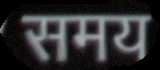
समय